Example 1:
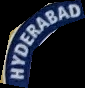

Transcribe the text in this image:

HYDERABAD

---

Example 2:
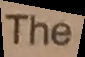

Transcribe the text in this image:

The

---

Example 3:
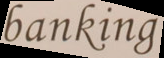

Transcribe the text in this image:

banking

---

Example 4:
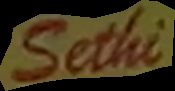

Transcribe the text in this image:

Sethi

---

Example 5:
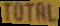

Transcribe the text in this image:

TOTAL